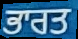
ਭਾਰਤ